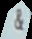
&